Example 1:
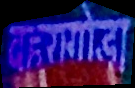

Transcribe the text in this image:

बहरागोडा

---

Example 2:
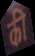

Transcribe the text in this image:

कीे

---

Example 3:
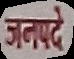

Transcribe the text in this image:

जनपदे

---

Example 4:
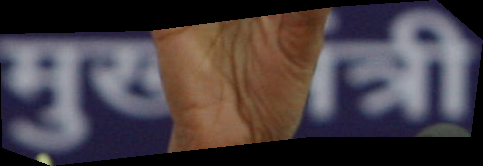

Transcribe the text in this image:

मुख्यमंत्री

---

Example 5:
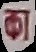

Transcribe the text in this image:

का